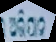
ଅଭିଯାନ